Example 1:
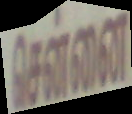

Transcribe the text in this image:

௭சன்னை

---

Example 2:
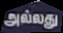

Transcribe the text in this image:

அல்லது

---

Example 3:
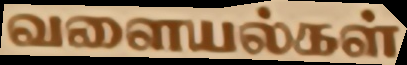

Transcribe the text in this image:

வளையல்கள்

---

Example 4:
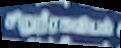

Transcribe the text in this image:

சிறுநீரகவியல்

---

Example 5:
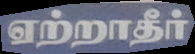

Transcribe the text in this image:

ஏற்றாதீா்